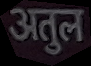
अतुल